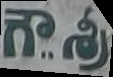
గౌ..శ్రీ